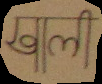
खाली